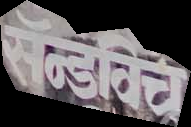
सॅन्डविच